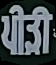
ਪੀੜੀ